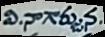
వి.నాగార్జున.